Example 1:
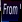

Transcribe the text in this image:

From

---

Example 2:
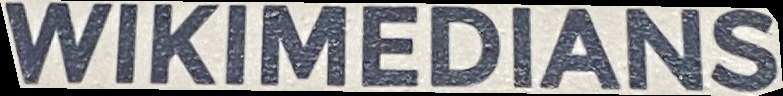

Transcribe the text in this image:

WIKIMEDIANS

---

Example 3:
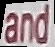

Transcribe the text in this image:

and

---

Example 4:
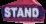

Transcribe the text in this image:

STAND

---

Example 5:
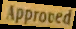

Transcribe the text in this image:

Approved